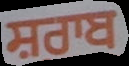
ਸ਼ਰਾਥ